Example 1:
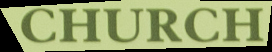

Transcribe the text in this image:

CHURCH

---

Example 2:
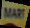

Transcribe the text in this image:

MART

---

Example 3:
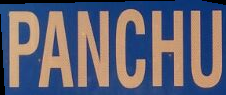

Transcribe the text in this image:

PANCHU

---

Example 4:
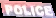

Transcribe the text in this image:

POLICE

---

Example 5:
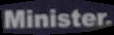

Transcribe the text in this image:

Minister.